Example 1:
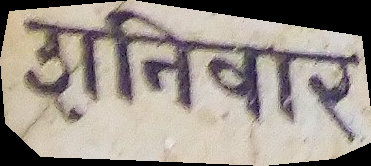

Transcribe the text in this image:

शनिवार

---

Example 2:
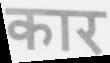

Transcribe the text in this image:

कार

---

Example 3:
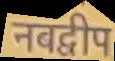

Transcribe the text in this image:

नबद्वीप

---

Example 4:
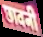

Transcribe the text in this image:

छावनी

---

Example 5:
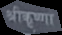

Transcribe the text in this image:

श्रीकृष्णा